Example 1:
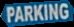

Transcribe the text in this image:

PARKING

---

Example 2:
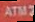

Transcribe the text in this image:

ATM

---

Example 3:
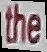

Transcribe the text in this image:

the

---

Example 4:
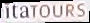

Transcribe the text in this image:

itatours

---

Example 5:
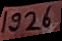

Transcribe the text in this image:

1926